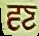
ਵਣ